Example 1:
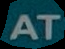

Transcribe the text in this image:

AT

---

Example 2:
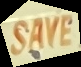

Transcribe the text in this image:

SAVE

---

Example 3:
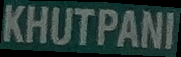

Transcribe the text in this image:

KHUTPANI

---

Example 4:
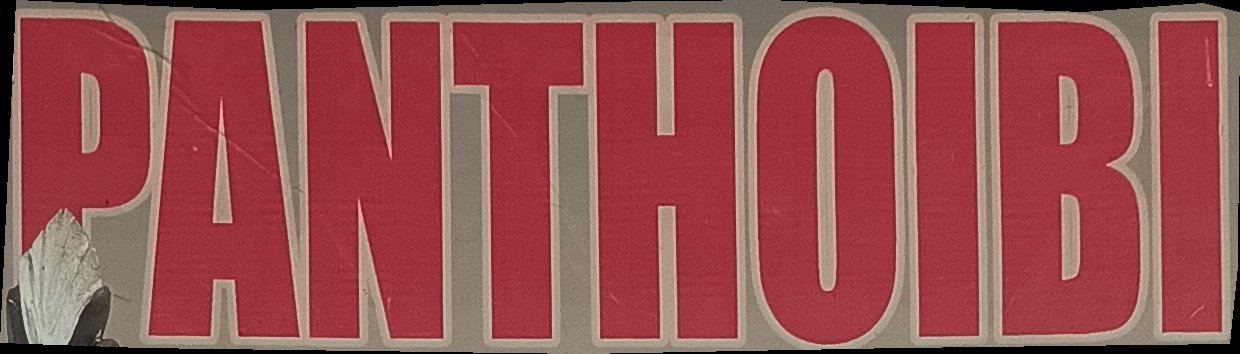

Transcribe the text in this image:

PANTHOIBI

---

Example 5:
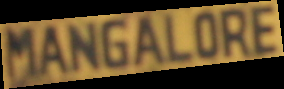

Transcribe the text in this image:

MANGALORE